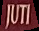
JUTI